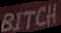
BITCH